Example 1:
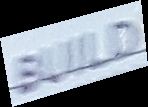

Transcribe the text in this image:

BUILD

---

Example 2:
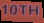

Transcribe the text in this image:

10TH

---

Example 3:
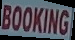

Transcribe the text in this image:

BOOKING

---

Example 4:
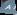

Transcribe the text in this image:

A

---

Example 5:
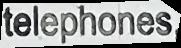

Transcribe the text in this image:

telephones